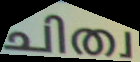
ചിത്വ